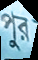
পুর